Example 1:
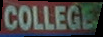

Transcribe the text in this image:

COLLEGE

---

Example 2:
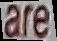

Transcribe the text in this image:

are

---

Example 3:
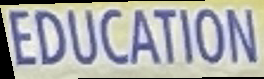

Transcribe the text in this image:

EDUCATION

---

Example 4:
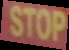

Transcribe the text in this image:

STOP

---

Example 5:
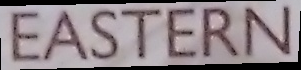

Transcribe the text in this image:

EASTERN